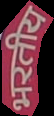
भरतीय